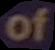
of